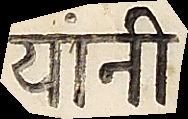
यांनी